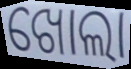
ଖୋଲା